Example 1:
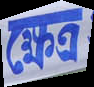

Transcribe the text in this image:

ক্ষেত্র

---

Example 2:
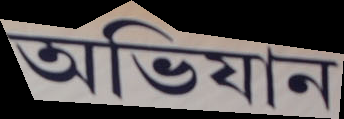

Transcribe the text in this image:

অভিযান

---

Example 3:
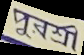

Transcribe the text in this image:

পুরশ্রী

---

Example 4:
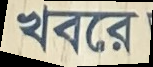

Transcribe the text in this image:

খবরে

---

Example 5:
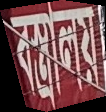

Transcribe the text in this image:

বস্ত্রালয়